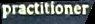
practitioner